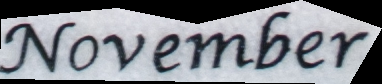
November